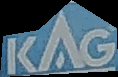
KAG